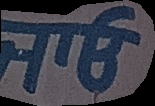
ਜਾਓ